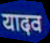
यादव